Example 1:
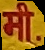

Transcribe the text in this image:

मी.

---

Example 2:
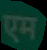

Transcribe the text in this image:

एम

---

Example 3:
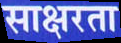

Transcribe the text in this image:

साक्षरता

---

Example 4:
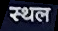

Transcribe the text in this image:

स्‍थल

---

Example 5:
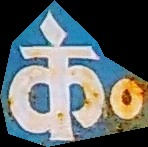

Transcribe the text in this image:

के०